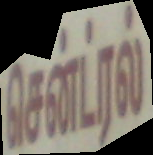
சென்ட்ரல்